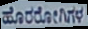
ಹೊರರೋಗಿಗಳ